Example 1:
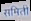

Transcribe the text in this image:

समिती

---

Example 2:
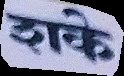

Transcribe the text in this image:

शके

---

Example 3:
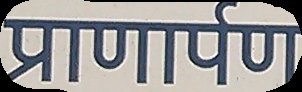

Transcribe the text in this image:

प्राणार्पण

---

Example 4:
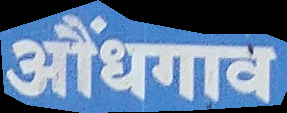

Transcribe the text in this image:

औंधगाव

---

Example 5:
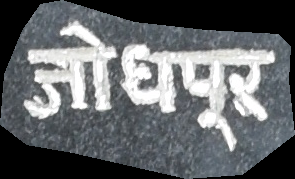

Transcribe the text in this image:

जोधपूर